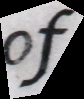
of